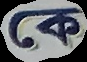
কে